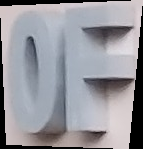
OF